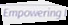
Empowering